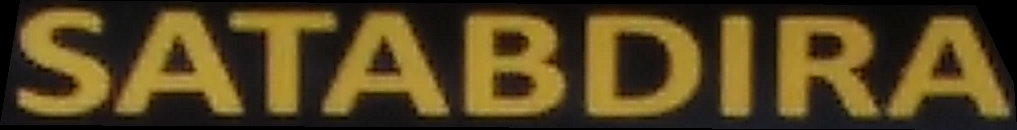
SATABDIRA